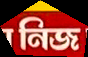
নিজ